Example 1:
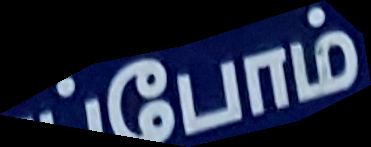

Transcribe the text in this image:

போம்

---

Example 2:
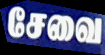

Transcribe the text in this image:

சேவை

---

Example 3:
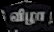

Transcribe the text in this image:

விழா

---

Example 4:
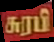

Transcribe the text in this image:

சுரபி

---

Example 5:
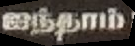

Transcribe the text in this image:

ஐந்தாம்